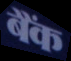
बैंक